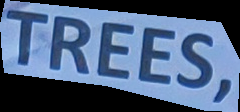
TREES,